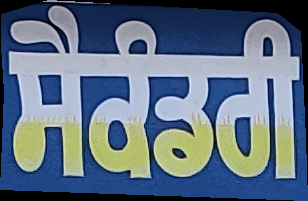
ਸੈਕੰਡਰੀ